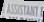
ASSISTANT